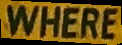
WHERE